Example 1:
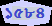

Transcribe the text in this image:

১৫৮৪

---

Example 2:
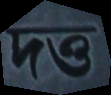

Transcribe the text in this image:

দত্ত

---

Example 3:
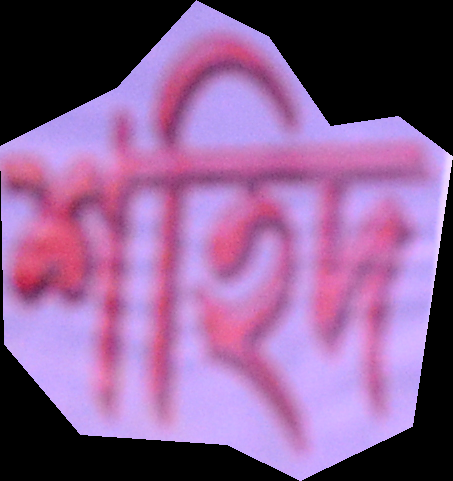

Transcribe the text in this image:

শহিদ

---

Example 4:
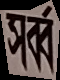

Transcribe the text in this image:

সৰ্ব্ব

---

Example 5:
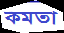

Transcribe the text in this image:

কমতা